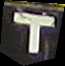
T